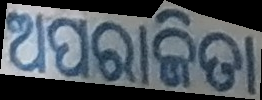
ଅପରାଜିତା